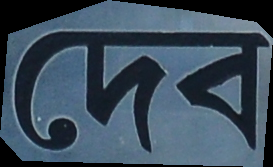
দেব